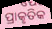
ପ୍ରାକୃତିକ